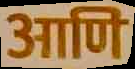
आणि